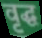
वृृद्ध